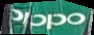
OPPO